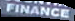
FINANCE